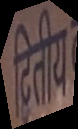
द्वितीय